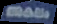
അകലം